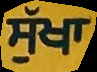
ਸੁੱਖਾ